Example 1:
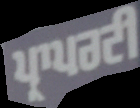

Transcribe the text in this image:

ਪ੍ਰਾਪਰਟੀ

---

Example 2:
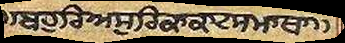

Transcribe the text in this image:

"ਬਹੁਰਿਅਸੁਰਿਕਾਕਾਟਸਮਾਥਾ"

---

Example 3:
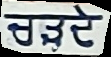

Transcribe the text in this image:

ਚੜਦੇ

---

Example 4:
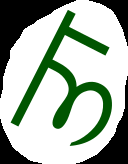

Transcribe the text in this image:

ਤਾ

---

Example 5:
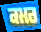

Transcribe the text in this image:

ਕਮਰ